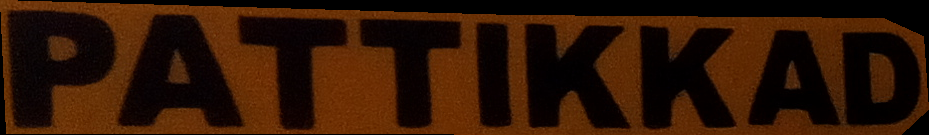
PATTIKKAD